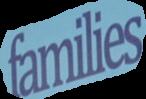
families